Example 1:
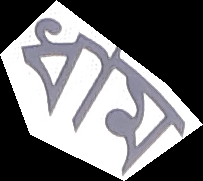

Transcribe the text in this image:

ধাম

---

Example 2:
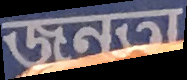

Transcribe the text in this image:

জনতা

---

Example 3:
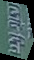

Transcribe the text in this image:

ভোট দিন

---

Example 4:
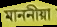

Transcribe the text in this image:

মাননীয়া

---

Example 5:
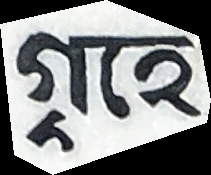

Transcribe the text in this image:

গৃহে